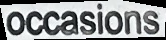
occasions